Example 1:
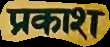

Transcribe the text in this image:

प्रकाश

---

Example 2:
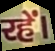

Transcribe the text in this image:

रहें।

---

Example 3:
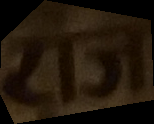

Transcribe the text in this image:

राज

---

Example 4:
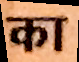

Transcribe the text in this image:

का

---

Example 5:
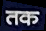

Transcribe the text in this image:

तक